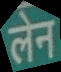
लेन